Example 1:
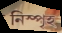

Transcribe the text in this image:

নিস্পূহ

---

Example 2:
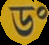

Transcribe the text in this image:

ড৹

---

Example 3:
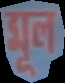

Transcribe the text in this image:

মূল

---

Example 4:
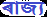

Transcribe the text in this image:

ৰাজ্য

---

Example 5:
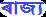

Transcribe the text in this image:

ৰাজ্য